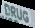
DRUG